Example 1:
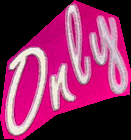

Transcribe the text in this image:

Only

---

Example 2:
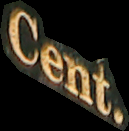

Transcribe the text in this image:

Cent.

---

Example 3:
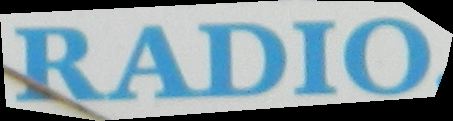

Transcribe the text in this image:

RADIO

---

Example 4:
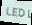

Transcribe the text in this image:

LED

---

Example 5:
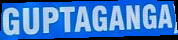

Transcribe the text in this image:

GUPTAGANGA)